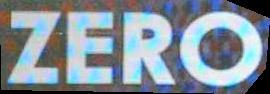
ZERO